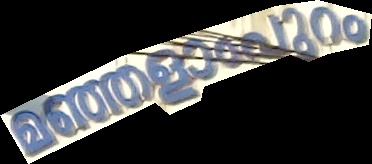
മഞ്ഞളാംപുറം